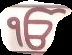
੧ਓ